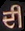
ਦੀ